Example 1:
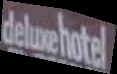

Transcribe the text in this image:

deluxehotel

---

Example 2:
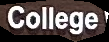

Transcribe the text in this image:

College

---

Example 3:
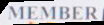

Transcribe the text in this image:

MEMBER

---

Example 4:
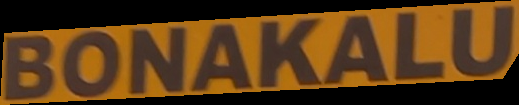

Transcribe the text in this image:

BONAKALU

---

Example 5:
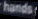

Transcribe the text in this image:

hands